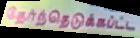
தேர்ந்தெடுக்கப்ட்ட